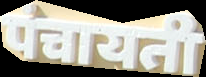
पंचायती